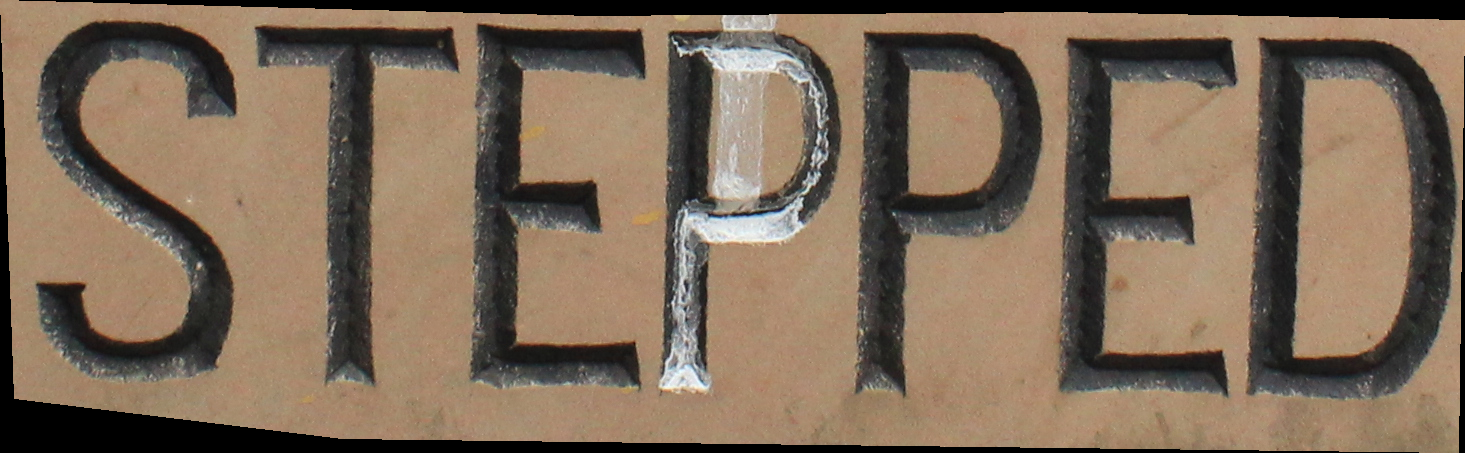
STEPPED